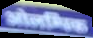
ओलम्पिक